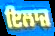
ਇਲਾਜ